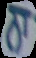
ਨਾ